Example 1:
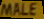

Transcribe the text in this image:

MALE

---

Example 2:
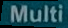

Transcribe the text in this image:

Multi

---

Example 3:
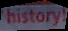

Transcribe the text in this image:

history!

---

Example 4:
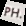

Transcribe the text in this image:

PH.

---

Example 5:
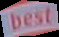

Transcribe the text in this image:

best